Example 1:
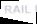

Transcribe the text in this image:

RAIL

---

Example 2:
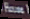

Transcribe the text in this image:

House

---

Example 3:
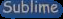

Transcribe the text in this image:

Sublime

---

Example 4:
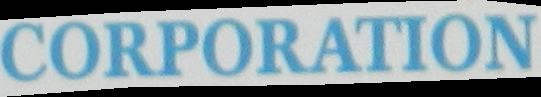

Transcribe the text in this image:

CORPORATION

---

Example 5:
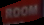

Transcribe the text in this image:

ROOM